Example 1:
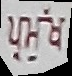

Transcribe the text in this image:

ਪ੍ਰਮੁੱਖ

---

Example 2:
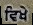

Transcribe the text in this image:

ਵਿਖੇ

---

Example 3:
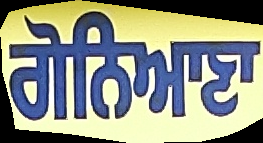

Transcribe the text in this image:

ਗੋਨਿਆਣਾ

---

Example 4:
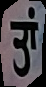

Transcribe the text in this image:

ਤਾਂ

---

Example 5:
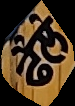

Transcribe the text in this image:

ਫੈਲੇ